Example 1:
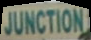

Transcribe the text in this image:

JUNCTION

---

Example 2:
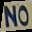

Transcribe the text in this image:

NO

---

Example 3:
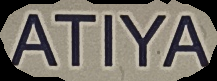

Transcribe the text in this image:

ATIYA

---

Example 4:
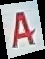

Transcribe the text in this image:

A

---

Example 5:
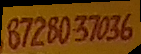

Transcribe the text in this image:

8728037036